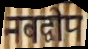
नबद्वीप